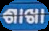
ଶାଖା